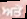
ਅਤੇ